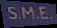
S.M.E.